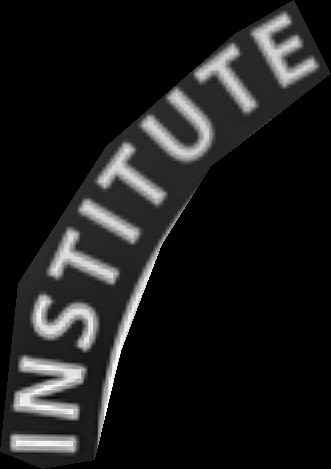
INSTITUTE